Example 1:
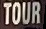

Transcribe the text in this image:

TOUR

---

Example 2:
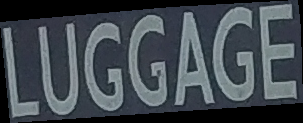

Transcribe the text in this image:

LUGGAGE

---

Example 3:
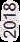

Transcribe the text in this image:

2018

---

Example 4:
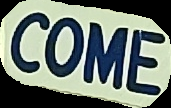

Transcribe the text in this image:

COME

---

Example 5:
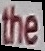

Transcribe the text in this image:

the